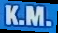
K.M.